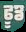
ਫੂਡ